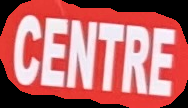
CENTRE